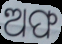
ଅଫ